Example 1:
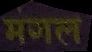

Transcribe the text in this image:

मंगल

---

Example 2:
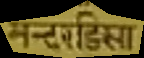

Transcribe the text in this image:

मन्टरडिसा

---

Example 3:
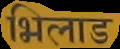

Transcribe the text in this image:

भिलाड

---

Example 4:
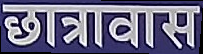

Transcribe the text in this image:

छात्रावास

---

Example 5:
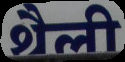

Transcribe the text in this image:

थैली